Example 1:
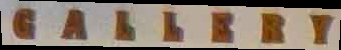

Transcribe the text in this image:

GALLERY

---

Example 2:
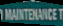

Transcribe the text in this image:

MAINTENANCE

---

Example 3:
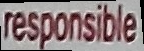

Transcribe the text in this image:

responsible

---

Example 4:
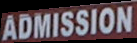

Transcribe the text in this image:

ADMISSION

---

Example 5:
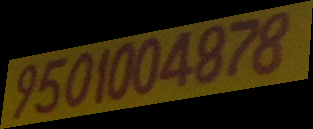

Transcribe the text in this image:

9501004878